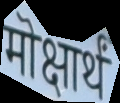
मोक्षार्थं